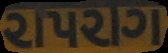
૨ા૫૨ાગ